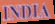
INDIA